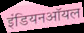
इंडियनऑयल